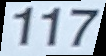
117